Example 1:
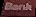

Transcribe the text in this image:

Bank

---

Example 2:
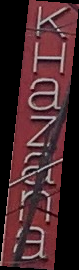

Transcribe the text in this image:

KHazana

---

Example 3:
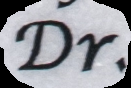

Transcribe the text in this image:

Dr.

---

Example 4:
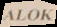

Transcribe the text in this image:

ALOK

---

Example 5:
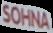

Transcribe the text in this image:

SOHNA